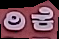
ರಿಕೆ